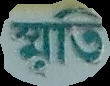
স্মৃতি